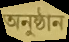
অনুষ্ঠান